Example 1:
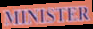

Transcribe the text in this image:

MINISTER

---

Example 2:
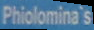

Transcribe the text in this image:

Phiolomina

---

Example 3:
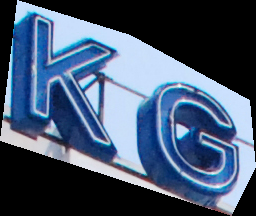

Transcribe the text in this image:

KG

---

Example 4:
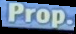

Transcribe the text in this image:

Prop.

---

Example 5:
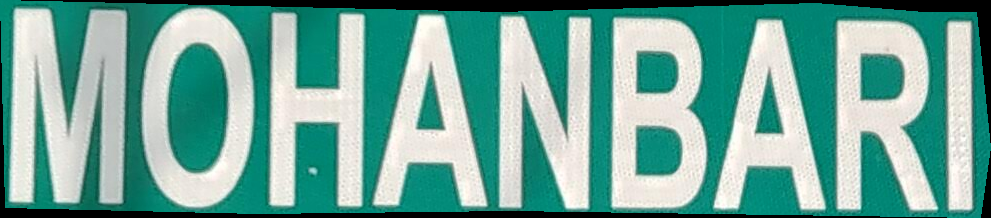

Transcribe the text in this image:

MOHANBARI